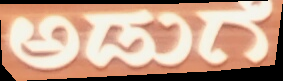
ಅಡುಗ